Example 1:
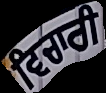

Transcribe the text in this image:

ਵਿਚਾਰੀ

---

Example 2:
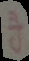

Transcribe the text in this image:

ਹੈ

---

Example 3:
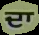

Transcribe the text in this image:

ਦਾ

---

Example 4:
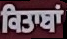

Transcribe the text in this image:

ਕਿਤਾਬਾਂ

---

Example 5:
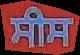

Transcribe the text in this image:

ਸੀਸ